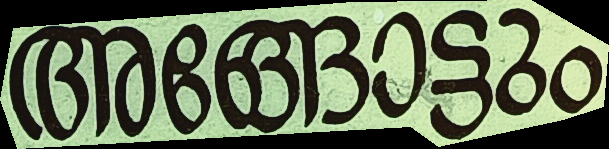
അങ്ങോട്ടും